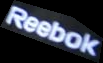
Reebok